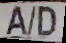
A/D